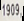
1909,